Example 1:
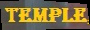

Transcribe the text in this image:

TEMPLE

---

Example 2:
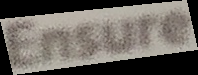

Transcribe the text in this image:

Ensure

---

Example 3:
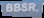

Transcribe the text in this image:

BBSR.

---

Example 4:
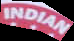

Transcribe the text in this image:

INDIAN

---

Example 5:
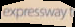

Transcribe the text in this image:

expresswayt